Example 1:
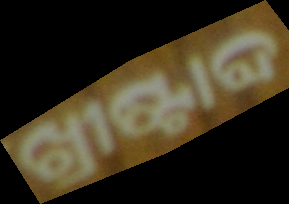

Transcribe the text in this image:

ଖ୍ରୀଷ୍ଟାବ୍ଦ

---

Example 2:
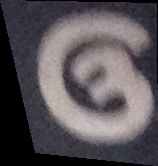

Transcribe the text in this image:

ଓ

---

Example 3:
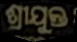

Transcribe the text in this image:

ଶ୍ରୀଯୁକ୍ତ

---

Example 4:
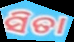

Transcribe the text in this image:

ସିତା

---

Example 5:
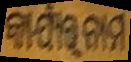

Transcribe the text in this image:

କାର୍ଯ୍ୟରନାମ